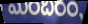
మందిరం,